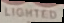
LIGHTED